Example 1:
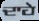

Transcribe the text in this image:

ਦਾਹੇ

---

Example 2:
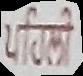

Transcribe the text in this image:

ਪਹਿਲੀ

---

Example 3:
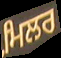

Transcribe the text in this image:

ਮਿਲਰ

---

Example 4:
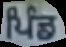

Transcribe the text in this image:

ਪਿੰਡ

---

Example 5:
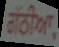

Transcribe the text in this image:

ਗੱਠੀਆ